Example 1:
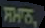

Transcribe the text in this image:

ਸਮਾਨ,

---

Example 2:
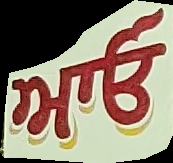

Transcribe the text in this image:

ਆਓ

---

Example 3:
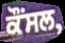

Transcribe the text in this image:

ਕੌਂਸਲ,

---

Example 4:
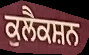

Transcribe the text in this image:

ਕੁਲੈਕਸ਼ਨ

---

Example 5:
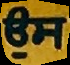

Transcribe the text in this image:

ਉਸ